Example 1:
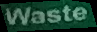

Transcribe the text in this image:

Waste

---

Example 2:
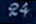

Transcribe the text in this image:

24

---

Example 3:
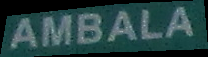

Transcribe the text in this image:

AMBALA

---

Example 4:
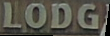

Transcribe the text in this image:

LODG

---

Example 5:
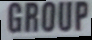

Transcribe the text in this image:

GROUP